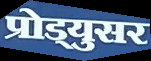
प्रोड्युसर